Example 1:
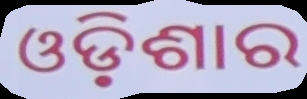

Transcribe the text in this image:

ଓଡ଼ିଶାର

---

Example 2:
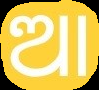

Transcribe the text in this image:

ଆ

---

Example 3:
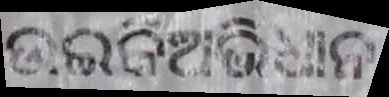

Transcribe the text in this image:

ଉଇକିଅଭିଧାନ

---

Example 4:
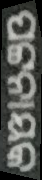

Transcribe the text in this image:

ପଟ୍ଟନାୟକ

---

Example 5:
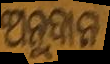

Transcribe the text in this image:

ଅନୁଦାନ